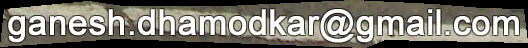
ganesh.dhamodkar@gmail.com